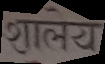
शालेय